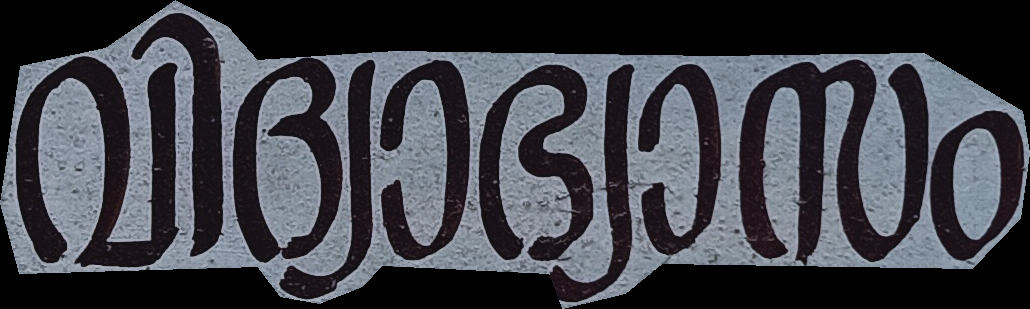
വിദ്യാഭ്യാസം